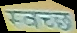
स्वच्छ